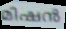
മിഷൻ